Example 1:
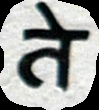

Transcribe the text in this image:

ते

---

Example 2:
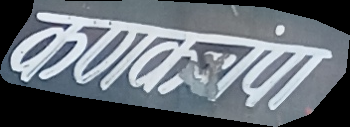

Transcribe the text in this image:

कणकचंपा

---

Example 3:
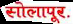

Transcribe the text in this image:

सोलापूर.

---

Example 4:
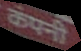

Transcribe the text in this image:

कंपनी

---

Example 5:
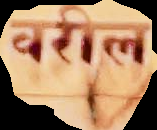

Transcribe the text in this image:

वरील